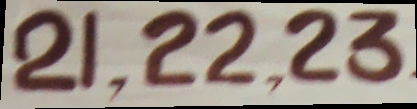
21,22,23